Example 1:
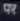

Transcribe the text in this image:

पर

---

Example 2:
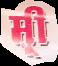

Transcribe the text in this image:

मूी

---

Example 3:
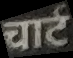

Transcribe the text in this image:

चार्ट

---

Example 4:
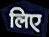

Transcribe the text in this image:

लिए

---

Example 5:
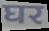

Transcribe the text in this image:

घर